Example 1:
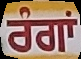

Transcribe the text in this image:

ਰੱਗਾਂ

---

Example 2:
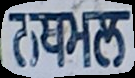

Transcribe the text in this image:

ਨਥਮਲ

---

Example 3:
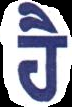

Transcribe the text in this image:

ਹੈ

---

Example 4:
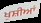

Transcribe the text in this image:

ਖਸ਼ੀਆ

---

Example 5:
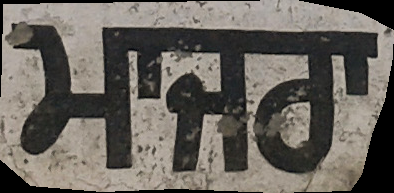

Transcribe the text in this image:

ਮਾਜਰਾ